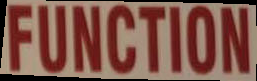
FUNCTION